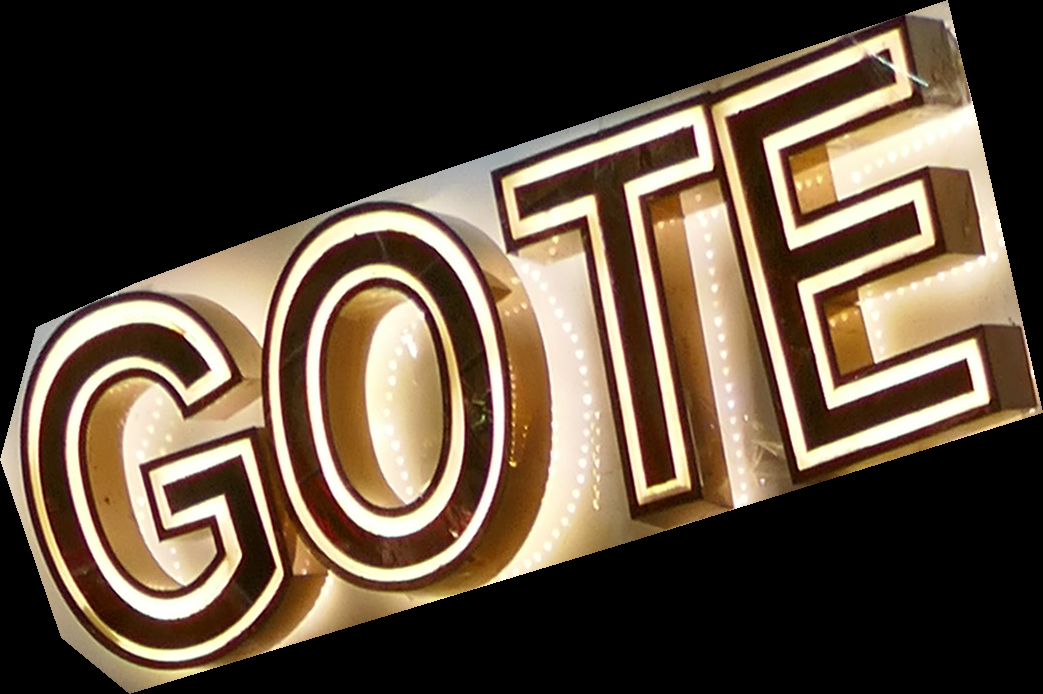
GOTE